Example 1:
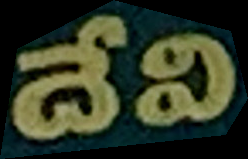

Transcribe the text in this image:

దేవి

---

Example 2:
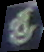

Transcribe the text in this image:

శ్ర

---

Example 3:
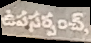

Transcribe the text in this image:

ఉపసర్పంచ్,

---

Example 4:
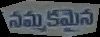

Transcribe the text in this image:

సమ్మకమైన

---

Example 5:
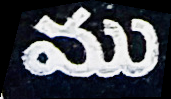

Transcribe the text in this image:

ము